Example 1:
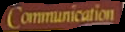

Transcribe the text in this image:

Communication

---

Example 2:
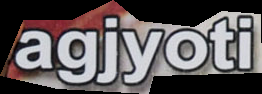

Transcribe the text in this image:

agjyoti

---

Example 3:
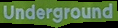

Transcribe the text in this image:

Underground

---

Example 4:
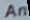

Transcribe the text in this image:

An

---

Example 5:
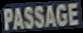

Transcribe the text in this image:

PASSAGE